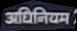
अधिनियम